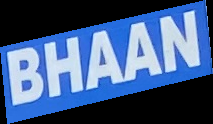
BHAAN